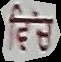
ਵਿੱਚ